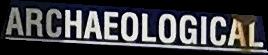
ARCHAEOLOGICAL